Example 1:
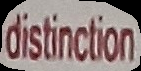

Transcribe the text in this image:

distinction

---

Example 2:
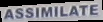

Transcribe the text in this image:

ASSIMILATE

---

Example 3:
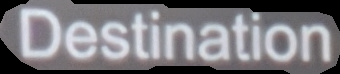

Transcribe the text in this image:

Destination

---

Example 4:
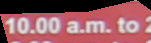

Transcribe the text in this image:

10.00a.m.to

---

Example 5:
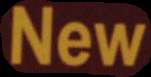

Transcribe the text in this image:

New